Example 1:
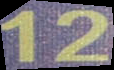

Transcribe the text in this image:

12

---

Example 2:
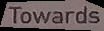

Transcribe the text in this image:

Towards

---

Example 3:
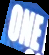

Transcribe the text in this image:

ONE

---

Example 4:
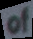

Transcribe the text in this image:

of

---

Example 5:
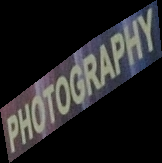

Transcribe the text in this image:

PHOTOGRAPHY